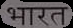
भारत